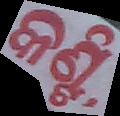
କଣ୍ଟି